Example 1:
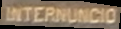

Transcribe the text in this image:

INTERNUNCIO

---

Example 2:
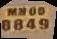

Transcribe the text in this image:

MH08 8849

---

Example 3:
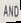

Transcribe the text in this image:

AND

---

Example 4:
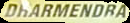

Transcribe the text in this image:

DHARMENDRA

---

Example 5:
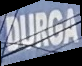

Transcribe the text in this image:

DURGA